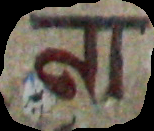
না